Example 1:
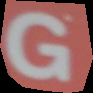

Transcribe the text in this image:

G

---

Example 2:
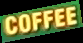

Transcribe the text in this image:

COFFEE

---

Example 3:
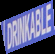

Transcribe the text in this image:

DRINKABLE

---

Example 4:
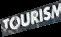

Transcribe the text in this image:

TOURISM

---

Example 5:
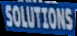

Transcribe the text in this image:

SOLUTIONS